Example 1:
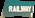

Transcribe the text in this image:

RAILWAY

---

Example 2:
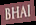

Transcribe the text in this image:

BHAI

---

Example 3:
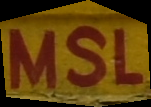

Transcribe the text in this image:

MSL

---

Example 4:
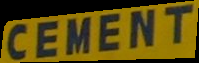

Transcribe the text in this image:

CEMENT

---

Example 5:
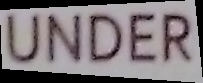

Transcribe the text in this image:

UNDER